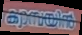
ക്വാമ്പയിൻ